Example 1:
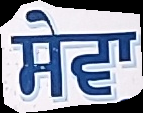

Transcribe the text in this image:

ਸੇਵਾ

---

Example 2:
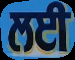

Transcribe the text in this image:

ਲਈ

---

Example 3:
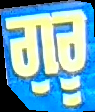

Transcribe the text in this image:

ਗੁਰੂ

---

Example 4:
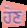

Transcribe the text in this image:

ਹੋਣ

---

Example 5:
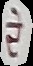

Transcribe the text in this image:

ਦੇ